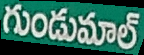
గుండుమాల్